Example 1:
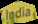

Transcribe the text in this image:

India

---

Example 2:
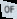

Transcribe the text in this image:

OF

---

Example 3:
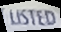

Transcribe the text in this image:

LISTED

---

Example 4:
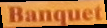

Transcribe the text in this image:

Banquet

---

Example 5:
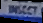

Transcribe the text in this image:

INSECT